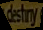
destiny